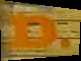
D.